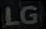
LG